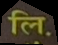
लि.